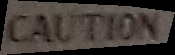
CAUTION